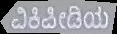
ವಿಕಿಪೀಡಿಯ